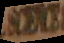
SCENCE